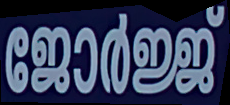
ജോർജ്ജ്